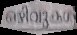
ഒഴിവുകൾ